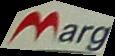
Marg